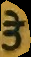
ਤੇ